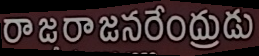
రాజరాజనరేంద్రుడు